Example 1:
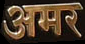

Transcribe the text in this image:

अमर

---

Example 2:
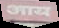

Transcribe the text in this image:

आय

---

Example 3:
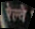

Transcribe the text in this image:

रेल्वे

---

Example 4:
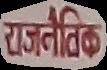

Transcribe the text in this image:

राजनैतिक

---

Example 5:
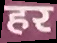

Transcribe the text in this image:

हर